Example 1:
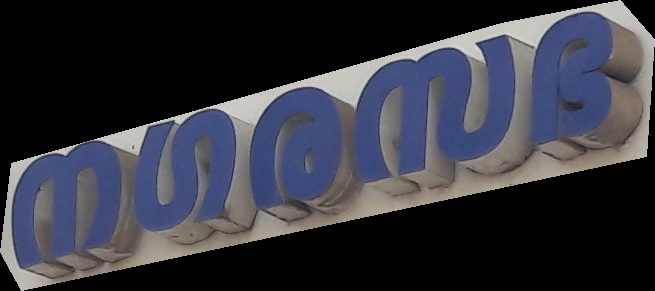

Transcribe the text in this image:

നഗരസഭ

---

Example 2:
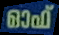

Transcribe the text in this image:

ഓഫ്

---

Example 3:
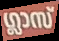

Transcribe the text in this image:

ഗ്ലാസ്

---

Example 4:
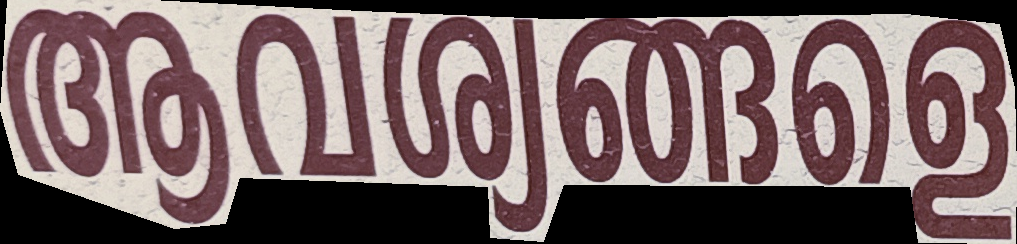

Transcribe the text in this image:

ആവശ്യങ്ങളെ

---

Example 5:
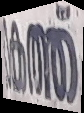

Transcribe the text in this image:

കത്ത്